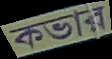
কভার